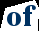
of